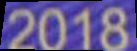
2018